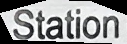
Station